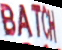
BATCH